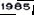
1985